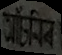
আঁচনিৰ